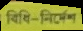
বিধি-নির্দেশ